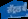
सेंट्रल